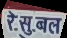
रे.सु.बल